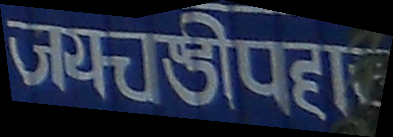
जयचण्डी पहाड़